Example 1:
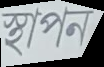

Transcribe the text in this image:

স্থাপন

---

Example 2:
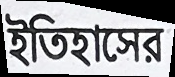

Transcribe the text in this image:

ইতিহাসের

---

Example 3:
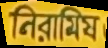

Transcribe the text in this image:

নিরামিষ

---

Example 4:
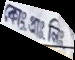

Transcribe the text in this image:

কোং প্রাঃ লিং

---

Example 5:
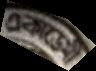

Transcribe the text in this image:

একাডেমী